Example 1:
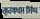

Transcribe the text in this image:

ਗੁਰਬਖਸ਼ ਸਿੰਘ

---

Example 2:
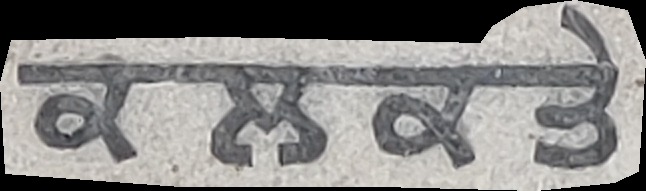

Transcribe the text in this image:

ਕਲਕਤੇ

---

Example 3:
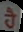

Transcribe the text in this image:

ਹੈ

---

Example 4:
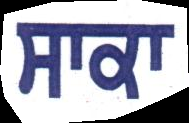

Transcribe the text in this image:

ਸਾਕਾ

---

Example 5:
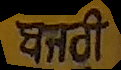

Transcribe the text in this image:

ਬਜਰੀ